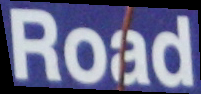
Road